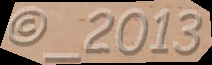
©_2013